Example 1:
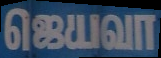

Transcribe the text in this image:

ஜெயவா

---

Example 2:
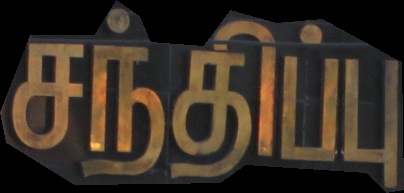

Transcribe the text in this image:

சந்திப்பு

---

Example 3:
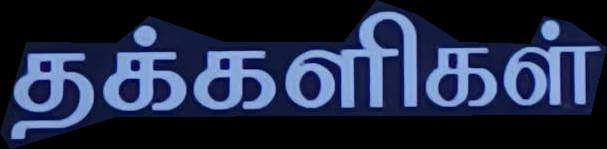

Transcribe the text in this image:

தக்களிகள்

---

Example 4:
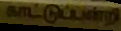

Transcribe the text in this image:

காட்டுப்பன்றி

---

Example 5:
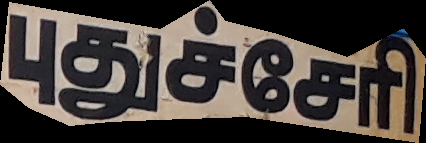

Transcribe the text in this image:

புதுச்சோி